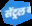
सेंट्रल